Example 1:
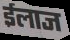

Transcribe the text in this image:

ईलाज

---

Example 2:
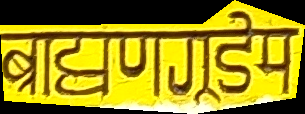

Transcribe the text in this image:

ब्राह्मणगूडेम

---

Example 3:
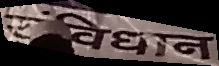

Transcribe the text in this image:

विधान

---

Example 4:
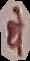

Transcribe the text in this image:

थे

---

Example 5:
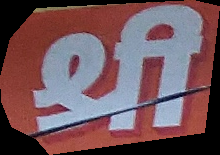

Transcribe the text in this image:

श्री